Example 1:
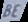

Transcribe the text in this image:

BE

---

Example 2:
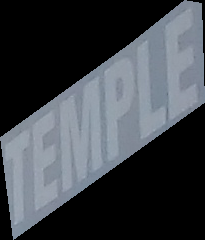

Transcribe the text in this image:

TEMPLE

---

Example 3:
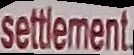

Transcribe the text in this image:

settlement,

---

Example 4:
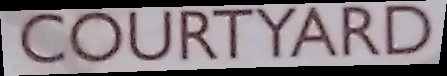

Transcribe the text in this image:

COURTYARD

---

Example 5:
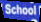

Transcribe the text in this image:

School